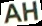
AH